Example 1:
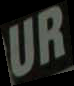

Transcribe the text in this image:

UR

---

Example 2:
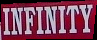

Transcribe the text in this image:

INFINITY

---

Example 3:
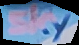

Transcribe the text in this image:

sky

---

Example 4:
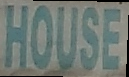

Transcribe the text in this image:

HOUSE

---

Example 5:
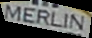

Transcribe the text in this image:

MERLIN